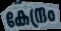
കേന്ദ്രം